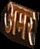
अमर